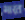
भारत